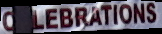
LEBRATIONS